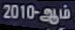
2010-ஆம்